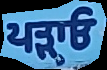
ਪੜ੍ਹਾਓ